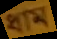
ধাম